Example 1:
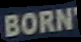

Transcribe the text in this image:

BORN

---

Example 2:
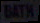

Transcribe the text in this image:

BATH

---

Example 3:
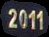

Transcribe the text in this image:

2011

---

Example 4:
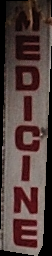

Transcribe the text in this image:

MEDICINE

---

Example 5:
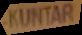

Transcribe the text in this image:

KUNTAR